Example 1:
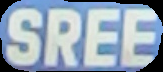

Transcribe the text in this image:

SREE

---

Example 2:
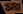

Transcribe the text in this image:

SRI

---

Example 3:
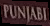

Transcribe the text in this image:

PUNJABI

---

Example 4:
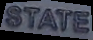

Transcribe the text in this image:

STATE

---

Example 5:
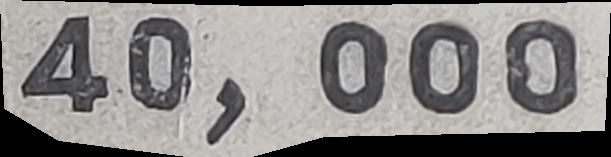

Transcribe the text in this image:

40,000